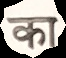
का